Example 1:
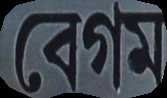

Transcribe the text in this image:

বেগম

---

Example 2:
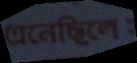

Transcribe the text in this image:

এনেছিলে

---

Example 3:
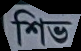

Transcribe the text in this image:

শিভ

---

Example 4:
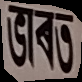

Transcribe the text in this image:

ভাৰত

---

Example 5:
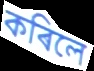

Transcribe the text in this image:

কৰিলে